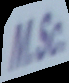
M.Sc.